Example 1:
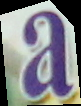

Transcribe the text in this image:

a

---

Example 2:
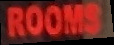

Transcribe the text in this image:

ROOMS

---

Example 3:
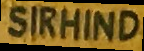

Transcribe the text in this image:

SIRHIND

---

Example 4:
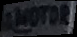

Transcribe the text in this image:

MOTOR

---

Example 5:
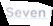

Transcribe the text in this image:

Seven